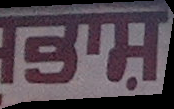
ਭਾਸ਼